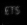
ETS